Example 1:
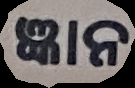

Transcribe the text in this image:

ଜ୍ଞାନ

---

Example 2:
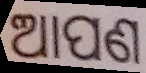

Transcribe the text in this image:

ଆପଣ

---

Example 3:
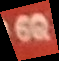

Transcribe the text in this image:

ରେ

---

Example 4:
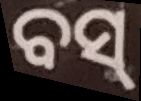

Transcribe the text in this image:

ବସ୍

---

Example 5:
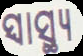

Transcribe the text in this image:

ସାସ୍ଥ୍ଯ